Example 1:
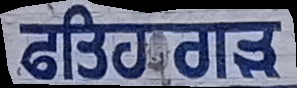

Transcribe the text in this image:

ਫਤਿਹਾਗੜ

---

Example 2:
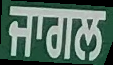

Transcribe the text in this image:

ਜਾਗਲ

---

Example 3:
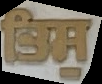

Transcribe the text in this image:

ਤਿਸੁ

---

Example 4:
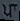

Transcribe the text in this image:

ਪਾ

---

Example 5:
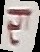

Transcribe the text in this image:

ਦਾ